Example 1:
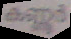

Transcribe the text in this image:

കണ്ണൂർ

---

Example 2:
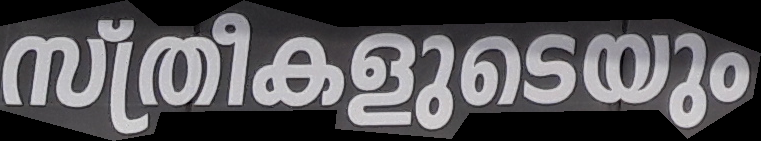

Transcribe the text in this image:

സ്‌ത്രീകളുടെയും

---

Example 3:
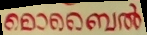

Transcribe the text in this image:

മൊബൈൽ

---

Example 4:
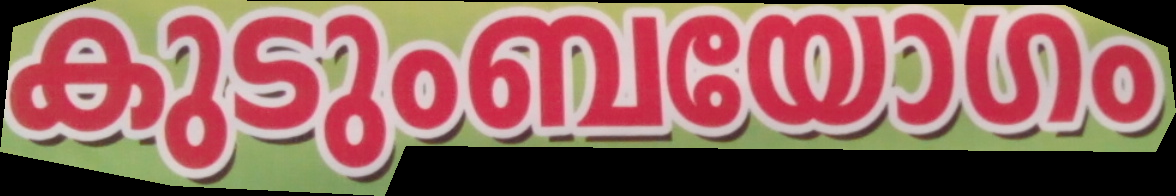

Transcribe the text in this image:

കുടുംബയോഗം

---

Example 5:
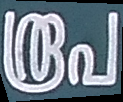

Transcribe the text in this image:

രൂപ